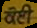
ਕੋਈ